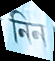
নিন